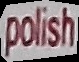
polish